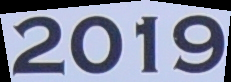
2019